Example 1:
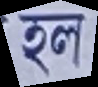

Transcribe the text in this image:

হল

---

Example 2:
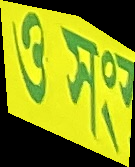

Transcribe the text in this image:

ওসং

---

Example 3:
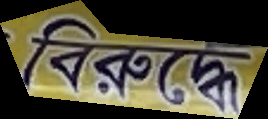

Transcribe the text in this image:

বিরুদ্ধে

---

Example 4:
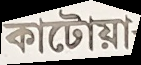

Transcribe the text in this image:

কাটোয়া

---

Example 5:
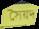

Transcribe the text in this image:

সৈয়দ